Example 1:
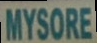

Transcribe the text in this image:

MYSORE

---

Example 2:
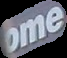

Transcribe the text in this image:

ome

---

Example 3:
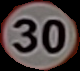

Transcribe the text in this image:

30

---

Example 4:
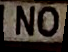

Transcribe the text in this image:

NO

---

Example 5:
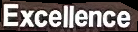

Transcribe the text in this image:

Excellence